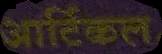
आर्टिकल